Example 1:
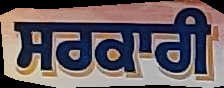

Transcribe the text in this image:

ਸਰਕਾਰੀ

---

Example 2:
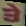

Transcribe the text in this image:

ਤੇ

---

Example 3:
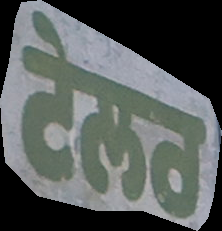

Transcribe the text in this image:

ਟੇਲਰ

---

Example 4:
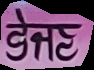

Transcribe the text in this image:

ਭੇਜਣ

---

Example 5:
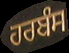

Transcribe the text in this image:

ਹਰਬੰਸ